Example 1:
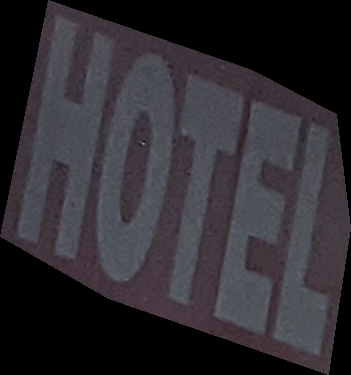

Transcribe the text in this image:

HOTEL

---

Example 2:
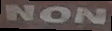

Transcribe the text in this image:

NON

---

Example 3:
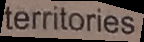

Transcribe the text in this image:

territories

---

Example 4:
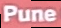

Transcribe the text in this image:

Pune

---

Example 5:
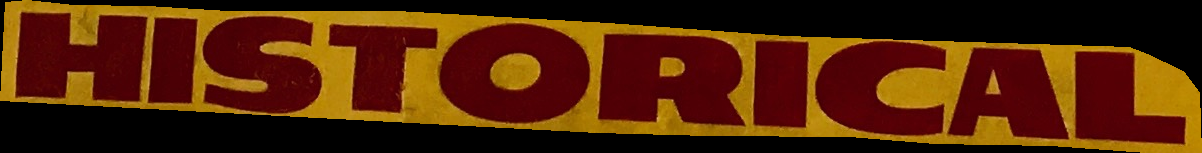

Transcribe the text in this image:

HISTORICAL